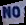
NO